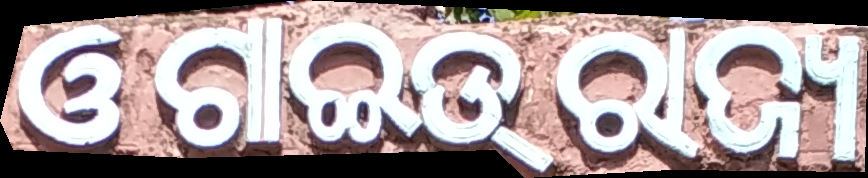
ଓ ଗଇଡ୍ ରାଜ୍ୟ